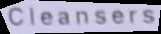
Cleansers